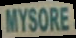
MYSORE